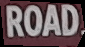
ROAD